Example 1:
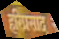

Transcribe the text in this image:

हरिप्रसाद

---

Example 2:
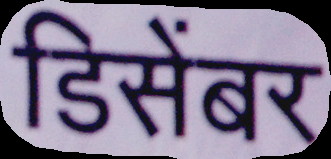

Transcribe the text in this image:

डिसेंबर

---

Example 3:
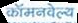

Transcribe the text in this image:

कॉमनवेल्थ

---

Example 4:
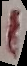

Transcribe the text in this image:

हैं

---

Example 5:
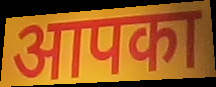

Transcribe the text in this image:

आपका